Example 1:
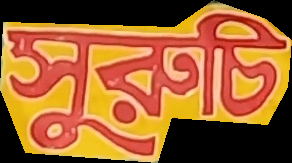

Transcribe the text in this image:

সুরুচি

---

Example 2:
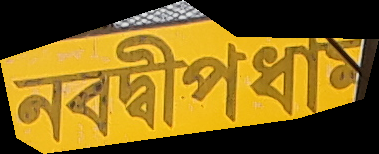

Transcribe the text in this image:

নবদ্বীপ ধাম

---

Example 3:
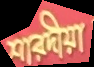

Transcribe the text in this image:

শারদীয়া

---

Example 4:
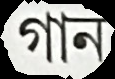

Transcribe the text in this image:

গান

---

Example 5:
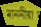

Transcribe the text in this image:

মাননীয়া